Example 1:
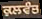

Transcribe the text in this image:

ਕੁਲਵੰਤ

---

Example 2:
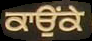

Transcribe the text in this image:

ਕਉਂਕੇ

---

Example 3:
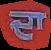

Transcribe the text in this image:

ਦਾ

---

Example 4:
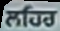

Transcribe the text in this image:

ਲਹਿਹ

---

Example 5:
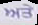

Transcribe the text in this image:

ਅਤੇ